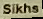
Sikhs